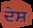
ਦੇਸ਼